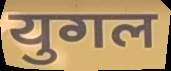
युगल